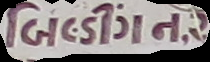
બિલ્ડીગન,ર